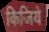
किजिये